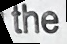
the